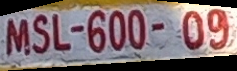
MSL-600-09